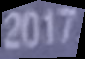
2017